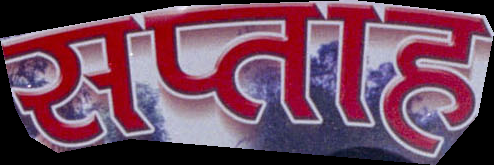
सप्ताह